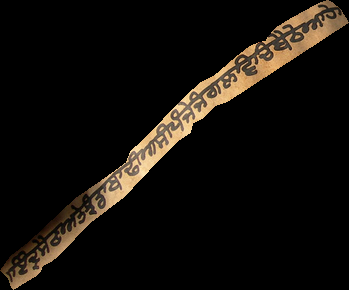
ਇੰਦੂਸੈਟਅਤੇਝੰਡਾਬਾਢੀ ਸੀਪੰਜੇਜੰਗਲਵਿਚਿਬੈਠੇਆਗੇ